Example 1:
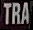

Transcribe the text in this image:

TRA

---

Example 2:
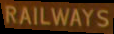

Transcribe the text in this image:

RAILWAYS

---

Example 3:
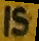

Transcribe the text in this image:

IS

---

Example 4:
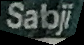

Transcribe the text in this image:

Sabji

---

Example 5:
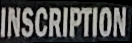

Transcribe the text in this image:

INSCRIPTION